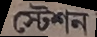
স্টেশন